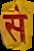
से